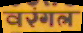
वरंगल